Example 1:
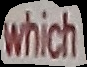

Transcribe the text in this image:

which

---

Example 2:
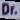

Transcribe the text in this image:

Dr.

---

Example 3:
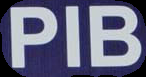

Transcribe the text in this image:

PIB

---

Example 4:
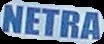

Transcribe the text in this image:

NETRA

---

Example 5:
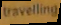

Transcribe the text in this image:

travelling